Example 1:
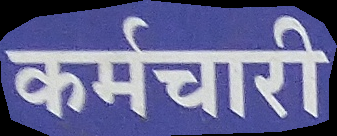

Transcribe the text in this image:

कर्मचारी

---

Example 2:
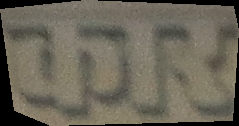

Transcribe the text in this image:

कार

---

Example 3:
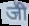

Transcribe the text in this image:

जीे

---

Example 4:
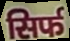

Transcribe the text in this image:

सिर्फ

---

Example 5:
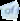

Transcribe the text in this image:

प्लैंड